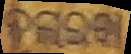
ଚଲଇବା